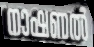
നാഷണൽ